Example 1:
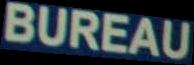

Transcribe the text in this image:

BUREAU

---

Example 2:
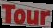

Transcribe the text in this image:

Tour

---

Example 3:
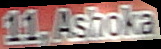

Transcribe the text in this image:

11,Ashoka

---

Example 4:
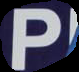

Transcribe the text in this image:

P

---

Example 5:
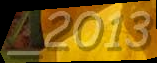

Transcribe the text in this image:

_2013